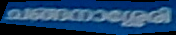
ചങ്ങനാശ്ശേരി